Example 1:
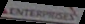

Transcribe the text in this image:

ENTERPRISES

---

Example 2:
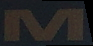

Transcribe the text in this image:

M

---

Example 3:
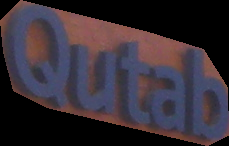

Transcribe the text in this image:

Qutab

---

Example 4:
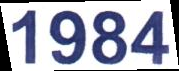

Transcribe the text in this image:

1984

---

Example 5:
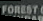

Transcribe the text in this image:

FOREST